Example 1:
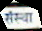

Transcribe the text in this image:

संस्था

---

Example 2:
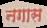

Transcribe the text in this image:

नगास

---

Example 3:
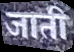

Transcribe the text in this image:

जाती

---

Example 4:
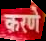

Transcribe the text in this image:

करणे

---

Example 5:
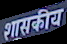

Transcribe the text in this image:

शासकीय